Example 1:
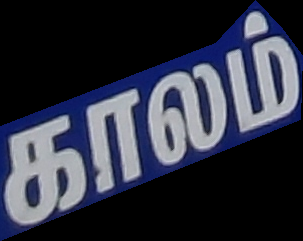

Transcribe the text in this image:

காலம்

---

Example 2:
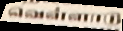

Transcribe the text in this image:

வெள்ளாடு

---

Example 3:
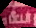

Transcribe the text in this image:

பீட்டா்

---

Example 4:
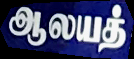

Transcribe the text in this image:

ஆலயத்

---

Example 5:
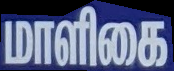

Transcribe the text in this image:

மாளிகை